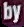
by